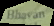
Bhavan